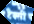
टेक्सी